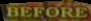
मानव्यवस्थे